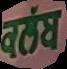
ਕਲੱਬ